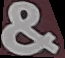
&